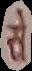
से